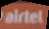
airtel